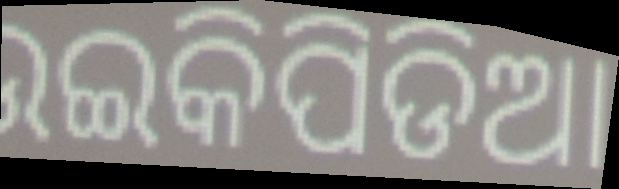
ଉଇକିପିଡିଆ